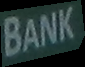
BANK